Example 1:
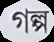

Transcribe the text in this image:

গল্প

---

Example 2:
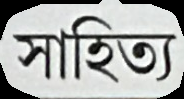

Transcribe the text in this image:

সাহিত্য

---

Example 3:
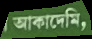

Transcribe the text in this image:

আকাদেমি,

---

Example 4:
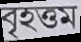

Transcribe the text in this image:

বৃহত্তম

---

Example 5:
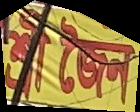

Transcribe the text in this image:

শ্রী জৈন